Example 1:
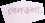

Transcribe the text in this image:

বেলতলা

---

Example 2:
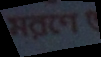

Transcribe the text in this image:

মরণে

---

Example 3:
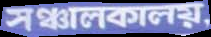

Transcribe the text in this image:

সঞ্চালকালয়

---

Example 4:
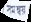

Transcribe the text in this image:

সমন্বয়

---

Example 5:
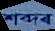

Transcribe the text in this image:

শব্দৰ